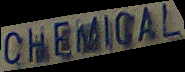
CHEMICAL